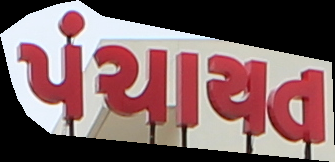
પંચાયત